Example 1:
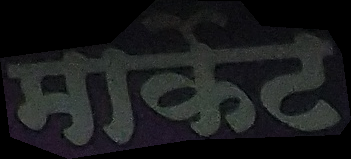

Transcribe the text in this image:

मार्केट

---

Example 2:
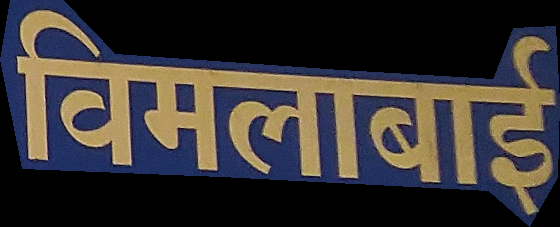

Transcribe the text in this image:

विमलाबाई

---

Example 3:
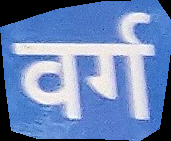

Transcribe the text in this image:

वर्ग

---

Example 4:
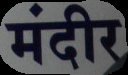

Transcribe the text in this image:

मंदीर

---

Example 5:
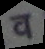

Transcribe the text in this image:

व